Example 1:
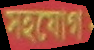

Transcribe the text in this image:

সহযোগ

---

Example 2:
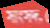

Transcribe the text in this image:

সাংসদ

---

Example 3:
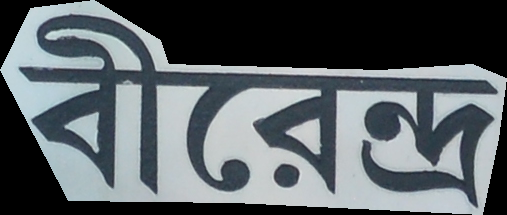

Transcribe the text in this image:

বীরেন্দ্র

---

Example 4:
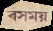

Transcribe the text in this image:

ৰসময়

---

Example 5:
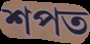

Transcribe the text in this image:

শপত